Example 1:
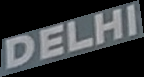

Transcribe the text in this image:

DELHI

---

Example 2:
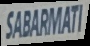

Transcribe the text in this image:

SABARMATI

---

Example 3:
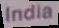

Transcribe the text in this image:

India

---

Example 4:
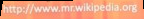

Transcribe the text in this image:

http://www.mr.wikipedia.org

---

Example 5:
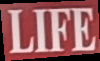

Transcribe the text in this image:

LIFE